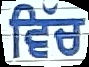
ਵਿੱਚ